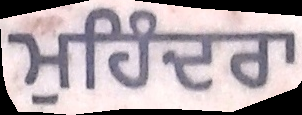
ਮੁਹਿੰਦਰਾ